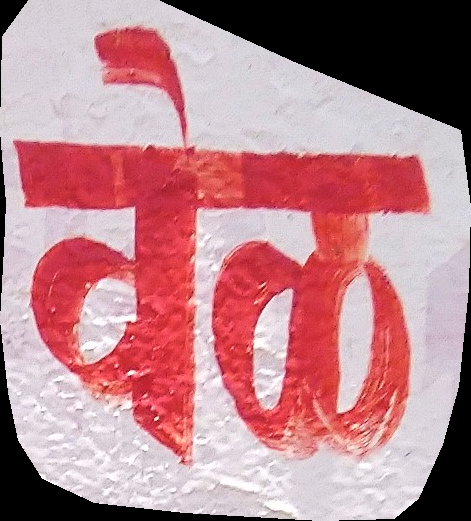
वेळ